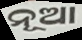
ନୂଆ